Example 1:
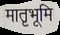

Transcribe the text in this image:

मातृभूमि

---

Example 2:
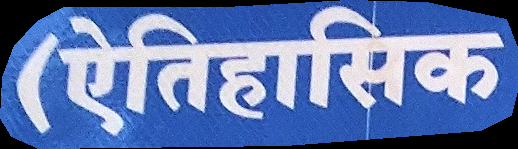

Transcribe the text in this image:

(ऐतिहासिक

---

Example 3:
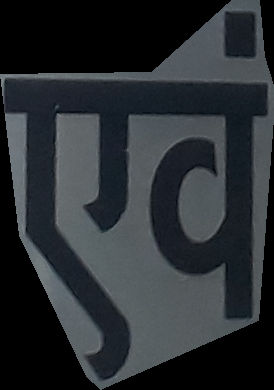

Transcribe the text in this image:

एवं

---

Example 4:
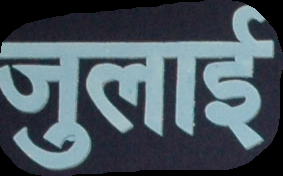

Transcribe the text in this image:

जुलाई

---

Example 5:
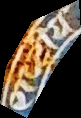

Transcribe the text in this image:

राष्ट्रीय